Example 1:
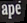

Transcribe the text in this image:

ape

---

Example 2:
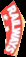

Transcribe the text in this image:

RAILWAYS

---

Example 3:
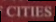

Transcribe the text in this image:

CITIES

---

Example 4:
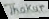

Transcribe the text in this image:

Thakur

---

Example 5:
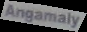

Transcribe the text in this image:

Angamaly